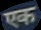
एक